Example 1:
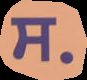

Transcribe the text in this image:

ਸ.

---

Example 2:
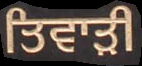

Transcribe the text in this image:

ਤਿਵਾੜੀ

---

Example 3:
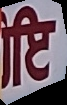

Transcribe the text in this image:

ਇ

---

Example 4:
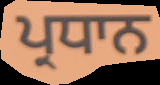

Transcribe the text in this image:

ਪ੍ਰਧਾਨ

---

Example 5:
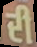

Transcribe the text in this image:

ਦੀ